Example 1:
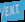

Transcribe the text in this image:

ENT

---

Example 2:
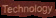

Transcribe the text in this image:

Technology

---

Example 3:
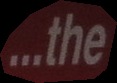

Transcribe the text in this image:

...the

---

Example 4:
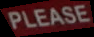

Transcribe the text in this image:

PLEASE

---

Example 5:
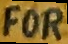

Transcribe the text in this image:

FOR